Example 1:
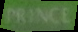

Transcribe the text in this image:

PRINCE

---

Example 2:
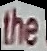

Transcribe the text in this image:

the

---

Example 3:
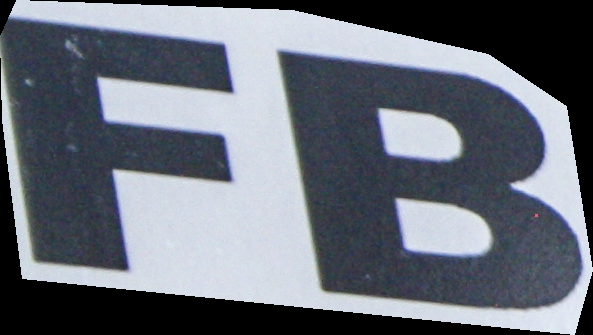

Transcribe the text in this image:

FB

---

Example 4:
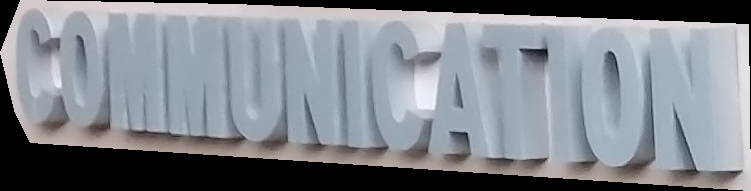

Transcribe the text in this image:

COMMUNICATION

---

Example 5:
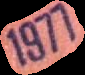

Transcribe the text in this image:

1977